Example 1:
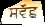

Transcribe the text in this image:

ਸਵੌਛ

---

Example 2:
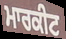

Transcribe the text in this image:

ਮਾਰਕੀਟ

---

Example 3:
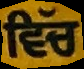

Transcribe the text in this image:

ਵਿੱਚ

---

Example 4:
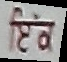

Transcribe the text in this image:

ਇੱਕ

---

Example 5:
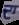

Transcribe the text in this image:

ਦਾ